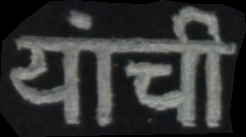
यांची